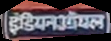
(इंडियनऑयल)